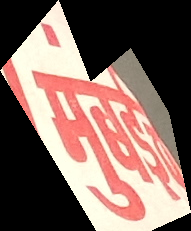
मुंबई